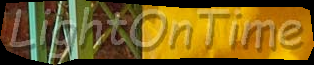
LightOnTime